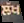
ਲੱਖ